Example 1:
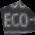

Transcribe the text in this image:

ECO-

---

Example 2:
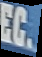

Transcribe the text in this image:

EC.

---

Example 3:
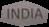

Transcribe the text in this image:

INDIA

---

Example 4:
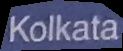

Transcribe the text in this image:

Kolkata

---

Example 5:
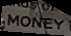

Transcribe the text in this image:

MONEY